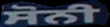
ਸੋਨੀ